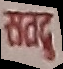
सतद्रु